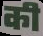
क‍ी